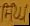
ਸਿੰਘ